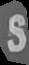
S